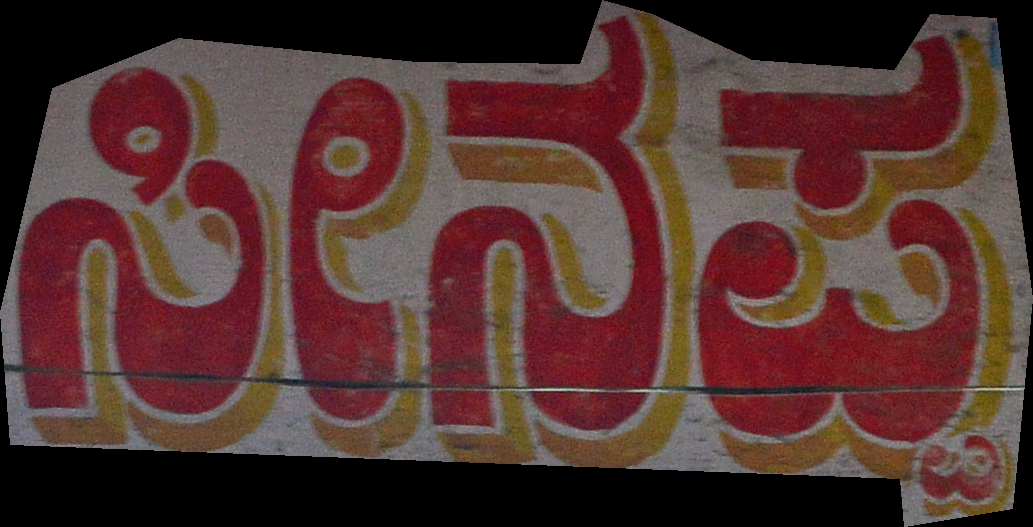
ಸೀನಪ್ಪ